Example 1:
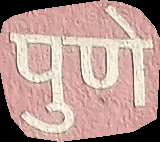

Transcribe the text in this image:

पुणे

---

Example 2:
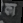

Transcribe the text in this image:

का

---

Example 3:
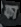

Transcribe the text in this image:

का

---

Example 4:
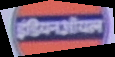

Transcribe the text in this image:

इंडियनऑयल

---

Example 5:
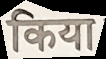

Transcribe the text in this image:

किया